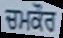
ਚਮਕੌਰ